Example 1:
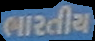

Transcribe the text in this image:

ભારતીય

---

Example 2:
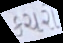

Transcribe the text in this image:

કચરો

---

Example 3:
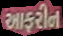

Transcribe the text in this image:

આફરીન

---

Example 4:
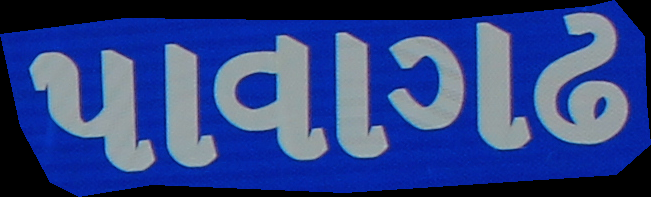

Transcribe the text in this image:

પાવાગઢ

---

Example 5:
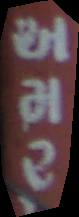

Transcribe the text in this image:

અમર